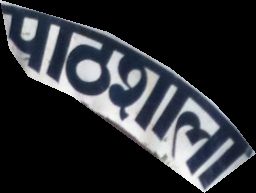
पाठशाला